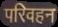
परिवहन